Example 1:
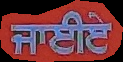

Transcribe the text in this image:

ਜਾਈਏ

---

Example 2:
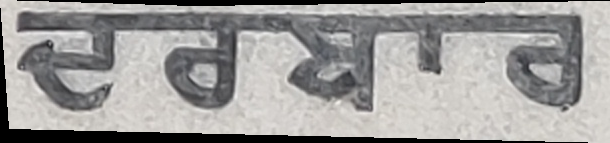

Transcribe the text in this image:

ਦਰਬਾਰ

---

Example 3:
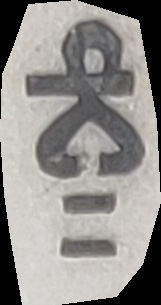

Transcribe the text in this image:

ਨੂੰ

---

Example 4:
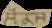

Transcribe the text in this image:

ਸੋਕਸ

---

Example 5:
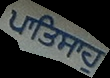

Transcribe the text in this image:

ਪਾਤਿਸਾਹੁ